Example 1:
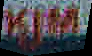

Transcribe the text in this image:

KJM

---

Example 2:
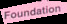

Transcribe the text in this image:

Foundation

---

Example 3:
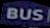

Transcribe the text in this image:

BUS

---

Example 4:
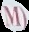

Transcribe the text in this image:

M)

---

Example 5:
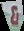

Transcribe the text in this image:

&